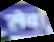
सेवा